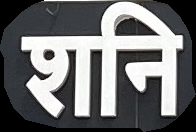
शनि